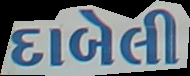
દાબેલી